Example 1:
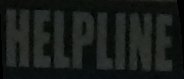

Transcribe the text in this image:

HELPLINE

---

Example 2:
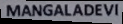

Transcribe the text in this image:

MANGALADEVI,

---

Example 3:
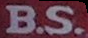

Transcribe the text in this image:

B.S.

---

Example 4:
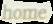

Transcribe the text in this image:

home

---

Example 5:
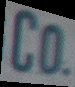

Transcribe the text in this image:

Co.